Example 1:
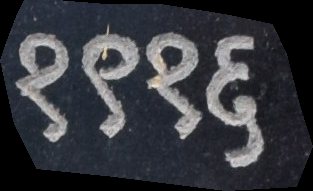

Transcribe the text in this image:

१९१६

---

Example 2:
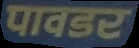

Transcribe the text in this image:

पावडर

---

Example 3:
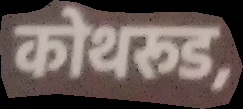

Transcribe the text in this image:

कोथरूड,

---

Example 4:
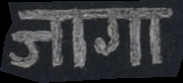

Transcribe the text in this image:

जागा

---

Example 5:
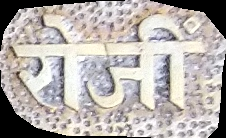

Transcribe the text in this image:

रोजीं